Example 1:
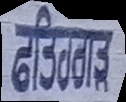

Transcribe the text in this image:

ਫਤਿਹਗੜ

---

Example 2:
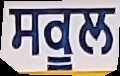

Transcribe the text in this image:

ਸਕੂਲ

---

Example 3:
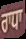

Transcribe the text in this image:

ਰਾਧਾ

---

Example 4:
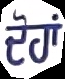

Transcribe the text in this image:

ਦੋਹਾਂ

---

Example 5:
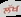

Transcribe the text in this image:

ਲੱਖ